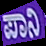
ಪಾನಿ